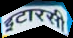
इटारसी